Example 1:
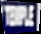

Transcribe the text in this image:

TEMPLE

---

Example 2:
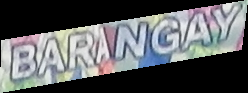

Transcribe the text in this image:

BARANGAY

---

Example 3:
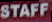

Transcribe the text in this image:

STAFF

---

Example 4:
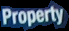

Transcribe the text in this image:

Property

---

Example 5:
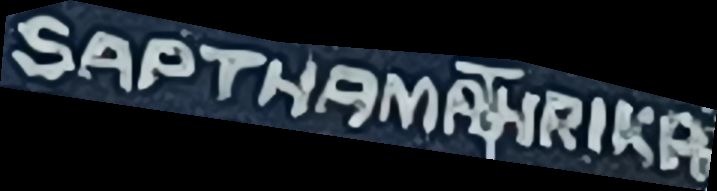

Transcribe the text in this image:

SAPTHAMAHRIKA